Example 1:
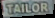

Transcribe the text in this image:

TAILOR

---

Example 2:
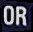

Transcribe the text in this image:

OR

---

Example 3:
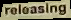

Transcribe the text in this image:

releasing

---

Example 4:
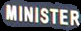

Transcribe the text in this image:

MINISTER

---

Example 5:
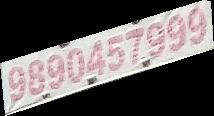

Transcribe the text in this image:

9890457999